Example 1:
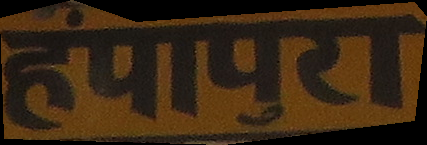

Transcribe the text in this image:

हंपापुरा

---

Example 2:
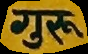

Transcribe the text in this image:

गुरू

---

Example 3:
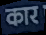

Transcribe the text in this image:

कार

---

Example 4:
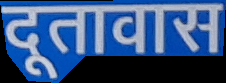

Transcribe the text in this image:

दूतावास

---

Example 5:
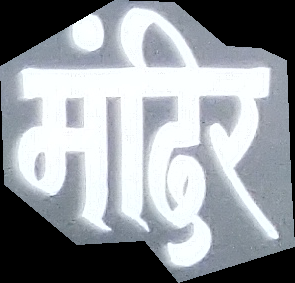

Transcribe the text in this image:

मंदिर